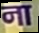
ना